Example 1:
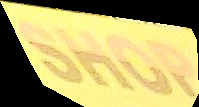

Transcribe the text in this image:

SHOP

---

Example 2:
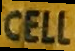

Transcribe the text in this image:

CELL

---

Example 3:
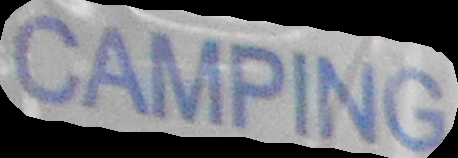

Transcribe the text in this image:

CAMPING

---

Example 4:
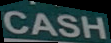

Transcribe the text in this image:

CASH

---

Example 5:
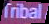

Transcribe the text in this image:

Tribal